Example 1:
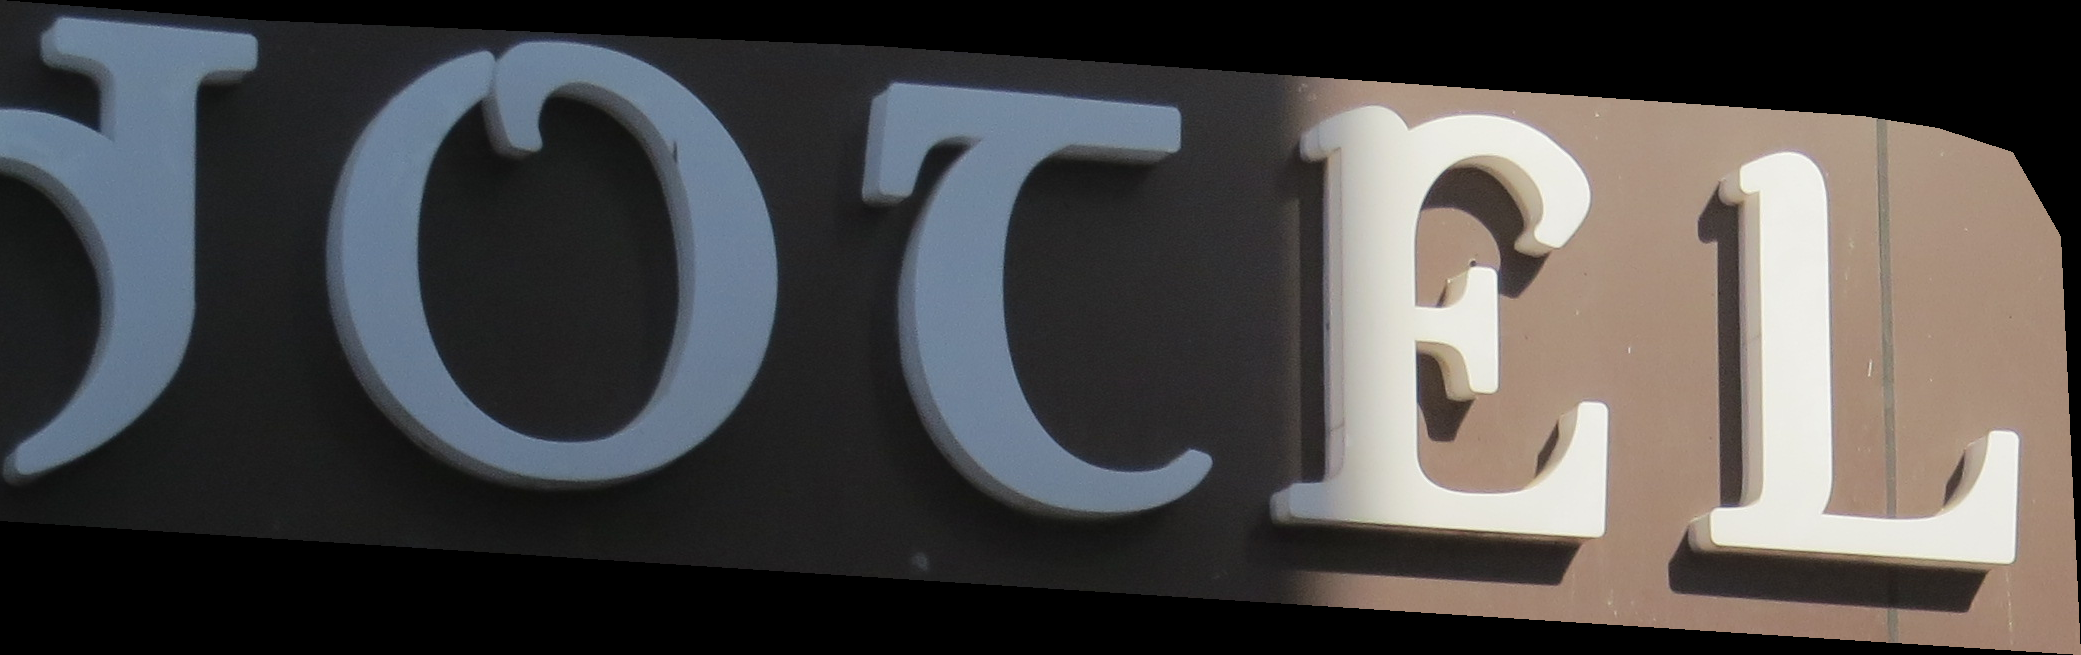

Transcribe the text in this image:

HOTEL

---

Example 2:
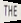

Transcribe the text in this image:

THE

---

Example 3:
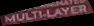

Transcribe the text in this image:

MULTI-LAYER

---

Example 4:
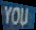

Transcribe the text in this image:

YOU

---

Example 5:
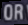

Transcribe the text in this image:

OR